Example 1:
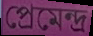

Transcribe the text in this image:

প্রেমেন্দ্র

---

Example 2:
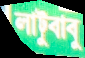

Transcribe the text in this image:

লাটুবাবু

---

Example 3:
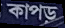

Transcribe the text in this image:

কাপড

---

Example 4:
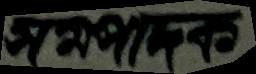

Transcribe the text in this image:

সমপাদক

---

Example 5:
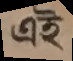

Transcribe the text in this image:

এই